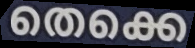
തെക്കെ